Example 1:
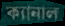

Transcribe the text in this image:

ক্যানাল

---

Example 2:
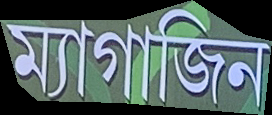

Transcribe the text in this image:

ম্যাগাজিন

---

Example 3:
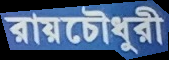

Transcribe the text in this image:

রায়চৌধুরী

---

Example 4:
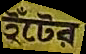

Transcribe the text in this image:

ইঁটের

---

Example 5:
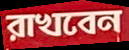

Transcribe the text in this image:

রাখবেন